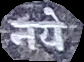
नये